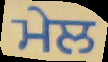
ਮੇਲ